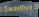
SwasthyaS